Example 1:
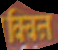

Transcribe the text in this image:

क्विन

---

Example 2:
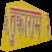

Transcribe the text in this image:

तुकाराम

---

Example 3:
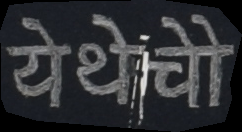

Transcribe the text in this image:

येथेचौ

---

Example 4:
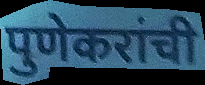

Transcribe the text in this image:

पुणेकरांची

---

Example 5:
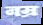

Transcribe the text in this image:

नम्र